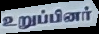
உறுப்பினா்